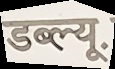
डब्ल्यू.